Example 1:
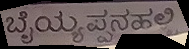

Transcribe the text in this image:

ಬೈಯ್ಯಪ್ಪನಹಲಿ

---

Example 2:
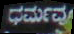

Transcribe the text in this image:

ಧರ್ಮವು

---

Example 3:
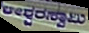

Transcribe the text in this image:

ರೇಶ್ವರಸ್ವಾಮಿ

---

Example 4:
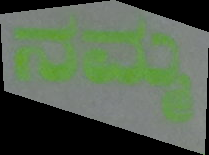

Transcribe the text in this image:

ನಮ್ಯ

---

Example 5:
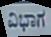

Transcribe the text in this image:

ವಿಭಾಗ